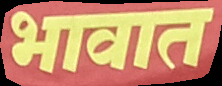
भावात